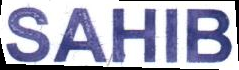
SAHIB